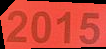
2015